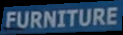
FURNITURE